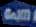
പേന